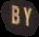
BY